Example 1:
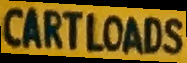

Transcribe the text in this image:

CARTLOADS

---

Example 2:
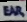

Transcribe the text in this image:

EAR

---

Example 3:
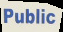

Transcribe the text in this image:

Public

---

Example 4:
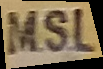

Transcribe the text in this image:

MSL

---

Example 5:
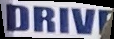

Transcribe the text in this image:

DRIVE